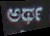
ಅಥ೯